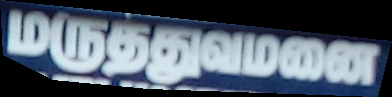
மருததுவமனை